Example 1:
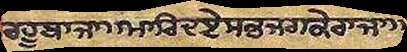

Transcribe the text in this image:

ਰਹੂਬਾਜਾ॥ਮਾਰਿਦਏਸਭਜਗਕੇਰਾਜਾ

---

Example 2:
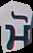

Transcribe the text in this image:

ਮੋ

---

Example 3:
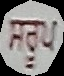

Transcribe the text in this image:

ਸਰੂਪ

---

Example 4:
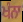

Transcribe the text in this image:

ਖੰਨਾ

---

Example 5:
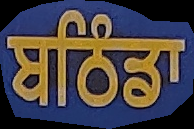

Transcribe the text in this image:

ਬਠਿੰਡਾ